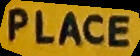
PLACE